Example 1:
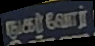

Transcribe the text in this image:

நுகர்வோர்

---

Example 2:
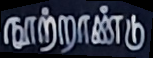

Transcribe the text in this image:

நூற்றரண்டு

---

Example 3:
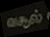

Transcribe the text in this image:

வசூல்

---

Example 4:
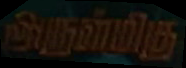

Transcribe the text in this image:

அருள்மிகு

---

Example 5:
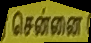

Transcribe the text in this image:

சென்னை